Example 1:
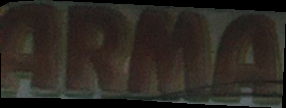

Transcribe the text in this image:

ARMA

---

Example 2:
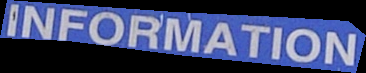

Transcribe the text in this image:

INFORMATION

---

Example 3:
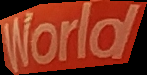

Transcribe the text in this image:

World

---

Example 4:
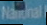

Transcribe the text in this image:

National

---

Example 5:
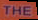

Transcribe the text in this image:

THE